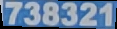
738321